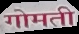
गोमती